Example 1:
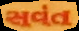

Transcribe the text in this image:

સવંત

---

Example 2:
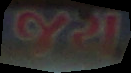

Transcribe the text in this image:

જય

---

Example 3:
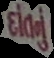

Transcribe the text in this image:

દાંતનું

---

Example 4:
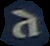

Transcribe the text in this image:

તે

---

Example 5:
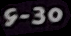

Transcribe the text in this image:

૬-૩૦